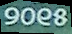
୨୦୧୫